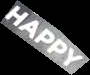
HAPPY